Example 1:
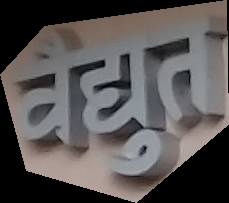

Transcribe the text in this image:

वैधुत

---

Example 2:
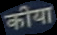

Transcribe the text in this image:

कीया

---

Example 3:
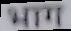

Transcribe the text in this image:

भाग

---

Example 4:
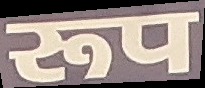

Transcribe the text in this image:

रूप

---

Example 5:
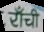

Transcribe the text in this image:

रॉँची